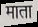
माता